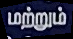
மற்றும்